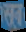
सन